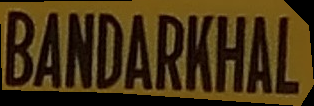
BANDARKHAL